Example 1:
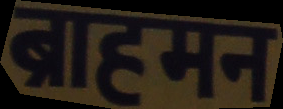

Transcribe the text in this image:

ब्राहमन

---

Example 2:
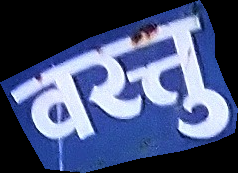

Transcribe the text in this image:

वस्तु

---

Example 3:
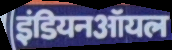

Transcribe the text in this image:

इंडियनऑयल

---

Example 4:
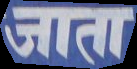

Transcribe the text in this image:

जाता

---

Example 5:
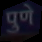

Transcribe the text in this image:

पुणे